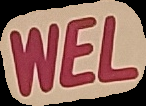
WEL